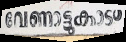
വേണാട്ടുകാടം